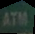
ATM